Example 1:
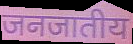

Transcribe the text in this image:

जनजातीय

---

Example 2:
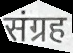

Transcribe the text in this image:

संग्रह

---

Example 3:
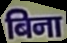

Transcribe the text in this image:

बिना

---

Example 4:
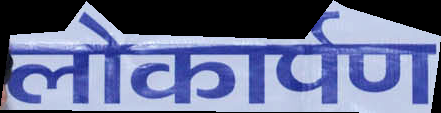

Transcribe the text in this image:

लोकार्पण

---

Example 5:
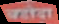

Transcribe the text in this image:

बड़ौदा